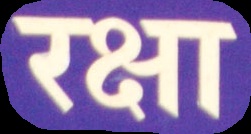
रक्षा